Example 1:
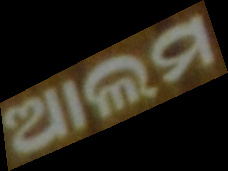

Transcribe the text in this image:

ଆଲମ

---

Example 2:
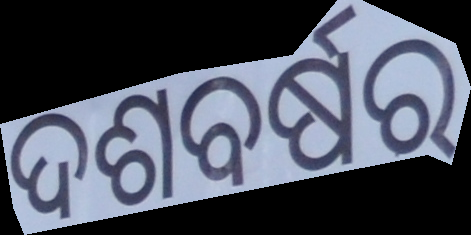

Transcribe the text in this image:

ଦଶବର୍ଷର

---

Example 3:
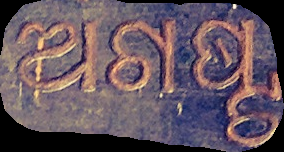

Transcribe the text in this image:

ଅଗଷ୍ଟ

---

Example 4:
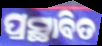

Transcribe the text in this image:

ପ୍ରସ୍ଥାବିତ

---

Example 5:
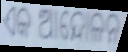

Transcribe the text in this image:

ଏକ ଆନ୍ଦୋଳନ